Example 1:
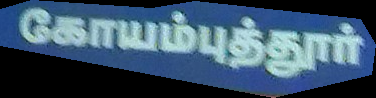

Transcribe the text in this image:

கோயம்புத்தூர்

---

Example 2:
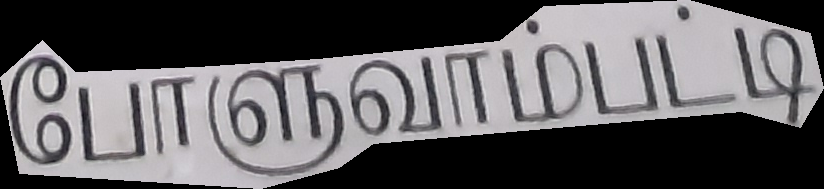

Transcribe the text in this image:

போளுவாம்பட்டி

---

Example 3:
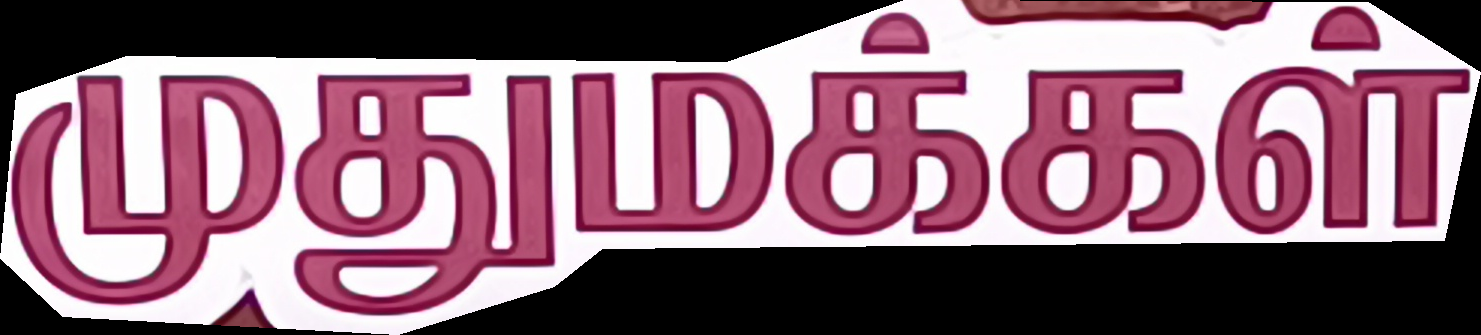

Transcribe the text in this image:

முதுமக்கள்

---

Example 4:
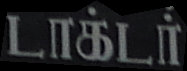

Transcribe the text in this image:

டாக்டர்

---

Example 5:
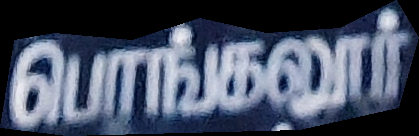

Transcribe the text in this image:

பொங்கலூர்